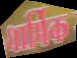
धार्मिक